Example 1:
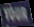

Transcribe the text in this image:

YOUR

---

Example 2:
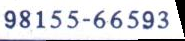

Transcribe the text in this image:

98155-66593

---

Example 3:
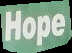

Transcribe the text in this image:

Hope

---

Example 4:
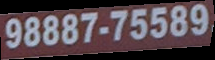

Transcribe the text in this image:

98887-75589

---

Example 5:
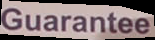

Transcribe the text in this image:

Guarantee